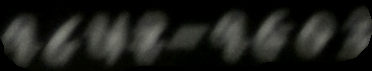
૧૮૫૨-૧૯0૩